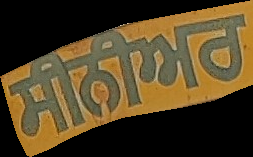
ਸੀਨੀਅਰ